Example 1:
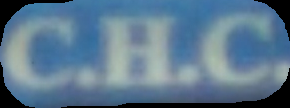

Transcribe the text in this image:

C.H.C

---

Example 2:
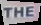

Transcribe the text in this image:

THE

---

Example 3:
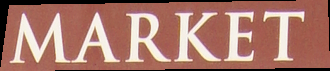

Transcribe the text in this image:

MARKET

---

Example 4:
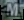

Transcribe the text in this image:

M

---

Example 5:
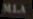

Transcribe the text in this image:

MLA